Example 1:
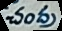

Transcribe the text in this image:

చంవు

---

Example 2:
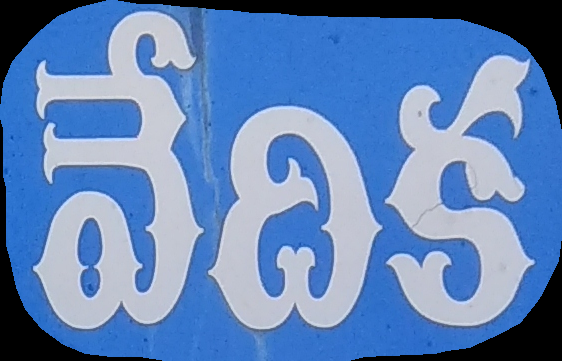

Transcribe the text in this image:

వేదిక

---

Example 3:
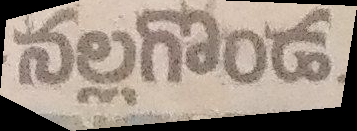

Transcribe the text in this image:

నల్లగొండ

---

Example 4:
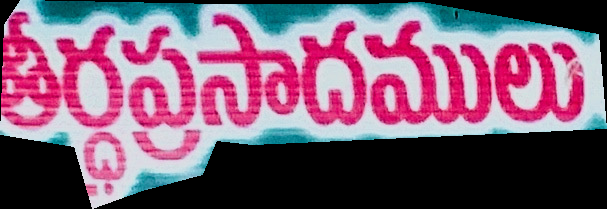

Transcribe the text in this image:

తీర్ధప్రసాదములు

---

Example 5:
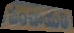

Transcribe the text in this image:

పంచాయతి